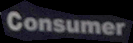
Consumer